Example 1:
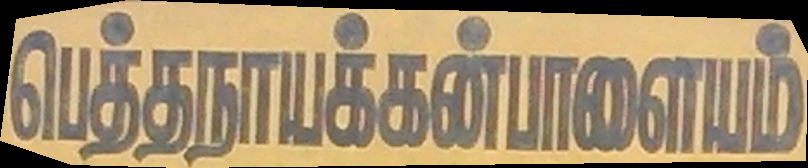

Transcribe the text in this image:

பெத்தநாயக்கன்பாளையம்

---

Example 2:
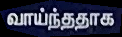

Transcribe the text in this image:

வாய்ந்ததாக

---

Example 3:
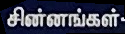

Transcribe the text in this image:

சின்னங்கள்-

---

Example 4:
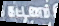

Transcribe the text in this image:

கட்டணம்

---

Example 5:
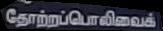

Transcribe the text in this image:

தோற்றப்பொலிவைக்